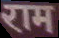
राम